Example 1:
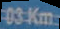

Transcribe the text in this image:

03Km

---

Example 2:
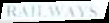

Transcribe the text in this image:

RAILWAYS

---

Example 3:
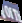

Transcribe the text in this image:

OfT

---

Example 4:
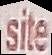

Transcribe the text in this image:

site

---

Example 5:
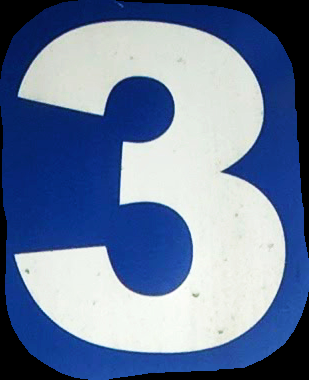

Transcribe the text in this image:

3